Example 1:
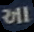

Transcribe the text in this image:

આ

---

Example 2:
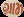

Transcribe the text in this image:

ગ્રામ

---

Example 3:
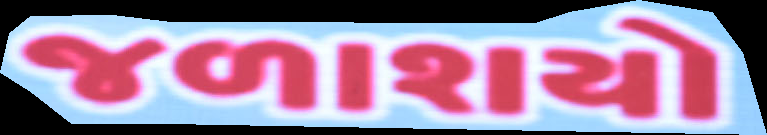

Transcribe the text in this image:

જળાશયો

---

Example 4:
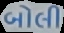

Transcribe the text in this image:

બોલી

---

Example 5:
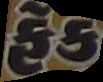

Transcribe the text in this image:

ફૅક